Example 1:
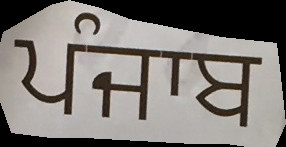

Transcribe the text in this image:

ਪੰਜਾਬ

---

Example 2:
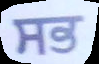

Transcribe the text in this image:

ਸਭ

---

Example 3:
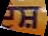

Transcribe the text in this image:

ਸ਼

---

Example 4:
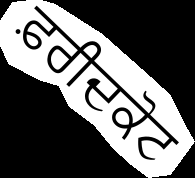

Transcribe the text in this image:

ਫ਼ਰੀਦਕੋਟ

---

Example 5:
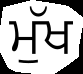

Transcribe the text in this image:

ਮੁੱਖ